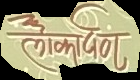
लोकार्पण